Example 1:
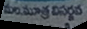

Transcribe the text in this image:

మలమూత్రవిసర్జన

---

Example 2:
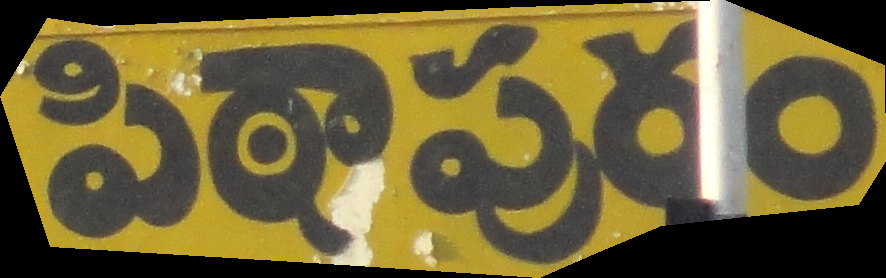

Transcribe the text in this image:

పిఠాపురం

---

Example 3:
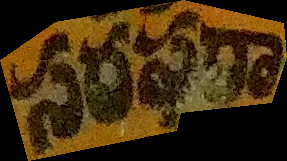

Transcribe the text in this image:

సరఫరా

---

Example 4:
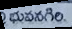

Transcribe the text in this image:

భువనగిరి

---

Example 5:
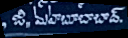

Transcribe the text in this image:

జి. మహబూబాబాద్.